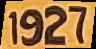
1927